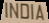
INDIA